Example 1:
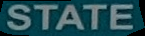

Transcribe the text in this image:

STATE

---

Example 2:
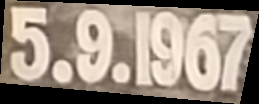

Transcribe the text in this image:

5.9.1967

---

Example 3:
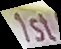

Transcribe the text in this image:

1st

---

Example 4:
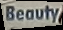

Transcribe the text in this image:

Beauty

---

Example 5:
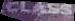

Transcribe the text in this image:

CLASS